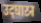
उद्घाटन